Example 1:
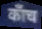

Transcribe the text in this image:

काँच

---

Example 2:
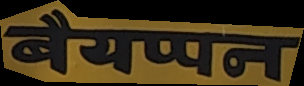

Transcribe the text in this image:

बैयप्पन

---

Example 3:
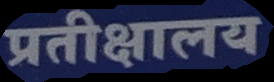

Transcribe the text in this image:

प्रतीक्षालय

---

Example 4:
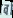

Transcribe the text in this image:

व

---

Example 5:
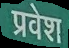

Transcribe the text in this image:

प्रवेश